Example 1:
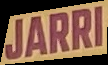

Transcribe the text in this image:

JARRI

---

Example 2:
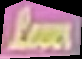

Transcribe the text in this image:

Lover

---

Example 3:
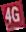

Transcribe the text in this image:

4G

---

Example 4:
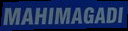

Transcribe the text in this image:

MAHIMAGADI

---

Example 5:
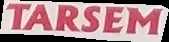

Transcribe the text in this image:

TARSEM